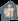
श्री